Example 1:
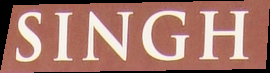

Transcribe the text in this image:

SINGH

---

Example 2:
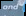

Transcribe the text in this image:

and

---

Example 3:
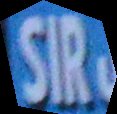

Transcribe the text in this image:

SIR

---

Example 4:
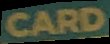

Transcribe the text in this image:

CARD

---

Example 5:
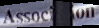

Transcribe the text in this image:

Association